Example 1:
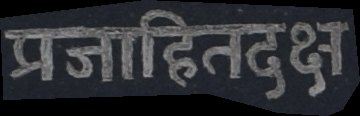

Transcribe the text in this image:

प्रजाहितदक्ष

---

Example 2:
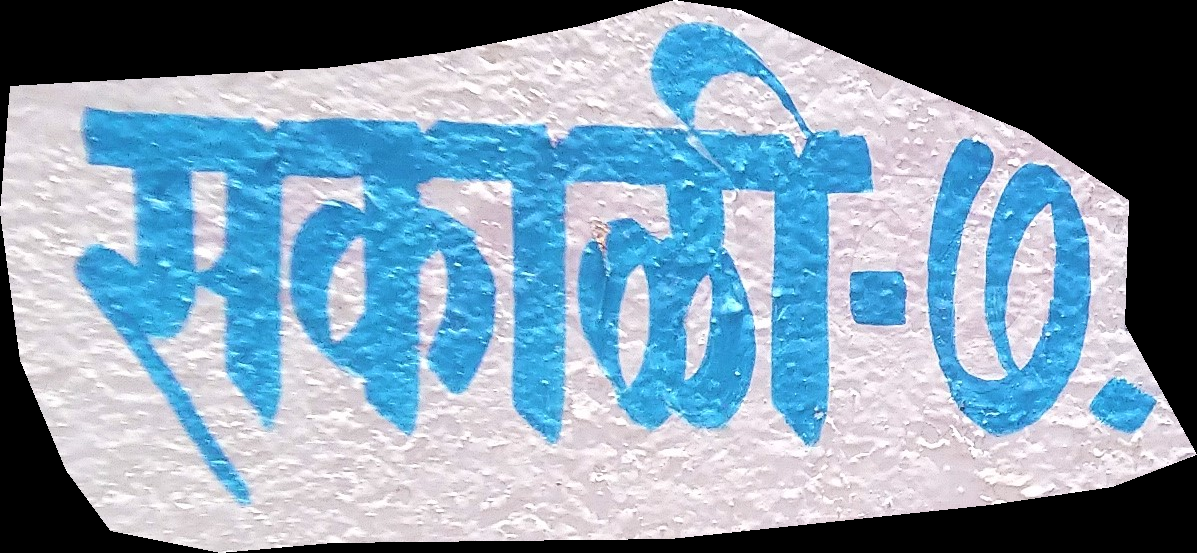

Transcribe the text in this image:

सकाळी-७.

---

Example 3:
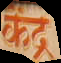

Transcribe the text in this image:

केंद्र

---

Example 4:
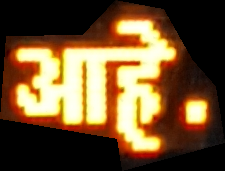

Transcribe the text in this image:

आहे.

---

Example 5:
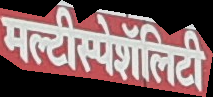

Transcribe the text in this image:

मल्टीस्पेशॅलिटी